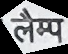
लैम्प